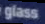
glass